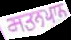
ਸਤਨਪਾਨ